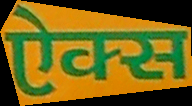
ऐक्स